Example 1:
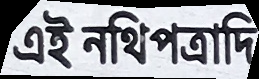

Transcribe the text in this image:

এইনথিপত্রাদি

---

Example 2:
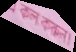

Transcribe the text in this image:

কল করুন ৷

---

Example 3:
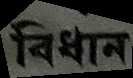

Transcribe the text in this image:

বিধান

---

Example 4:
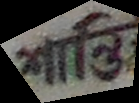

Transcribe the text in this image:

শান্তি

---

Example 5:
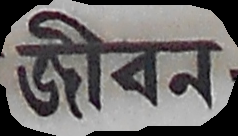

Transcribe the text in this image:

জীবন